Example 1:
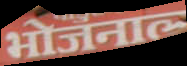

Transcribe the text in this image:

भोजनाल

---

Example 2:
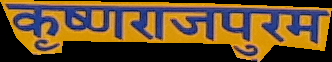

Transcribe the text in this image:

कृष्णराजपुरम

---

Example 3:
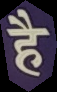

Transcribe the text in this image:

है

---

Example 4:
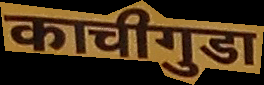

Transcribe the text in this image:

काचीगुडा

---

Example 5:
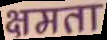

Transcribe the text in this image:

क्षमता